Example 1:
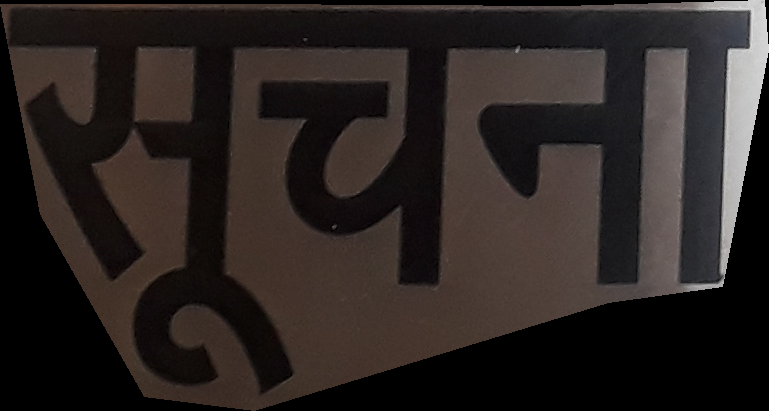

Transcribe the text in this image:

सूचना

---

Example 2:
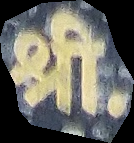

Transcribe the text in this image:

श्री.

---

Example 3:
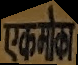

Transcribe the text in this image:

एकमोका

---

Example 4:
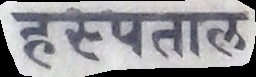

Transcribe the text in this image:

हस्पताल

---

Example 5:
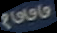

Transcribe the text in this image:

१७७७